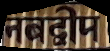
नबद्वीप